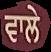
ਵਾਲੇ